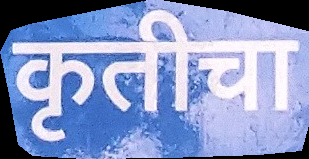
कृतीचा